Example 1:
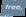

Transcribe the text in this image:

tree,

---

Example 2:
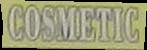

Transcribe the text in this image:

COSMETIC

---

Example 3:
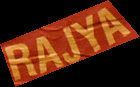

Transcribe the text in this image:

RAJYA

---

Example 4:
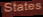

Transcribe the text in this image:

States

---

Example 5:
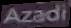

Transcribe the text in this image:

Azadi